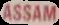
ASSAM